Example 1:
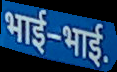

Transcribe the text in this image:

भाई-भाई.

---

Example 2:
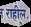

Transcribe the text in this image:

राहील,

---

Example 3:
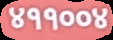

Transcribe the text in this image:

४११००४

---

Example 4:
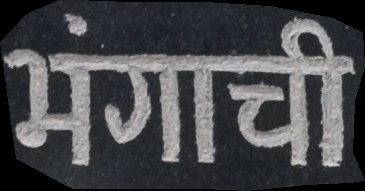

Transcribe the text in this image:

भंगाची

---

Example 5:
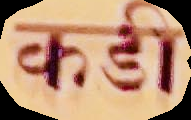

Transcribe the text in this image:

कडी